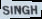
SINGH